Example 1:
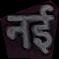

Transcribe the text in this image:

नई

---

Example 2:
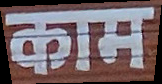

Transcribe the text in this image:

काम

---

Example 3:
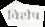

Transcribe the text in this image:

विशेष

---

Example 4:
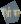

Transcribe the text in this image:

श्री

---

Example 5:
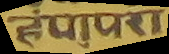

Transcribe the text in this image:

हंपापरा